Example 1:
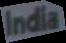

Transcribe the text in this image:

India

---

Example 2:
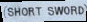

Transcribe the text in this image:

(SHORTSWORD)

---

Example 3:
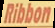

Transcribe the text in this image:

Ribbon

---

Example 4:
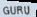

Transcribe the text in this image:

GURU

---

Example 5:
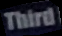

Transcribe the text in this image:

Third